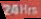
24Hrs